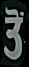
ਤੋਂ